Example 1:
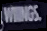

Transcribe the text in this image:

WINGS.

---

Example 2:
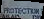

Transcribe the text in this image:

PROTECTION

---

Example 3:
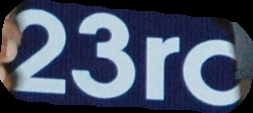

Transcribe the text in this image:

23rc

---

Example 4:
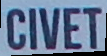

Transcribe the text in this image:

CIVET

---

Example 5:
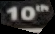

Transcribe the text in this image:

10th